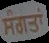
ਸੰਗਤਾਂ